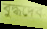
বুদ্ধদেব